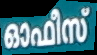
ഓഫീസ്